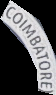
COIMBATORE